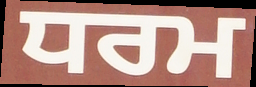
ਧਰਮ